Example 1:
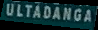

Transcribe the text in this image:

ULTADANGA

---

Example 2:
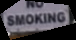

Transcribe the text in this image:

NO SMOKING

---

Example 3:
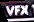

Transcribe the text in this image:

VFX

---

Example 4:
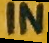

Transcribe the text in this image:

IN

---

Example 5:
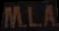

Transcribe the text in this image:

M.L.A.